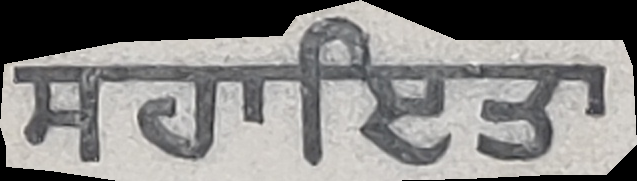
ਸਹਾਇਤਾ